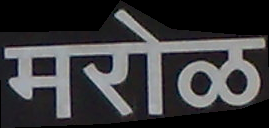
मरोळ